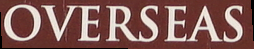
OVERSEAS